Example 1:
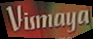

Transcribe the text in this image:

Vismaya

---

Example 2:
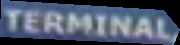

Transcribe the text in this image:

TERMINAL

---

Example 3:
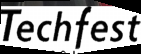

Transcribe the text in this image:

Techfest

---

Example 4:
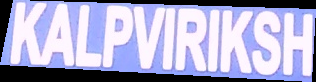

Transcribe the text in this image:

KALPVIRIKSH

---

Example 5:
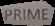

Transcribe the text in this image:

PRIME